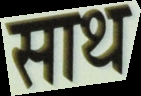
साथ